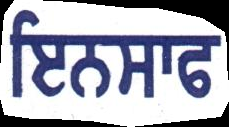
ਇਨਸਾਫ